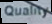
Quality